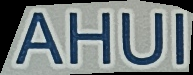
AHUI